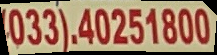
033).40251800